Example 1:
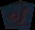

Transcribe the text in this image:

of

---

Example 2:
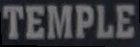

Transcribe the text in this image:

TEMPLE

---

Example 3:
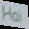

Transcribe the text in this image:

Hai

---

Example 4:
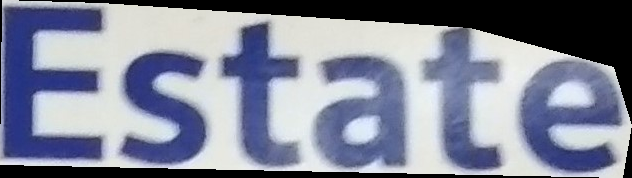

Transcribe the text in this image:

Estate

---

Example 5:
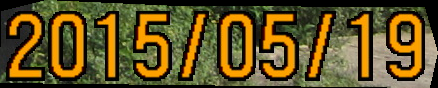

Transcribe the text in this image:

2015/05/19